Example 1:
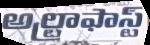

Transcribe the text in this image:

అల్ట్రాఫాస్ట్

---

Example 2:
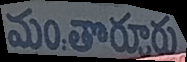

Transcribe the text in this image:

మం.తొర్చూరు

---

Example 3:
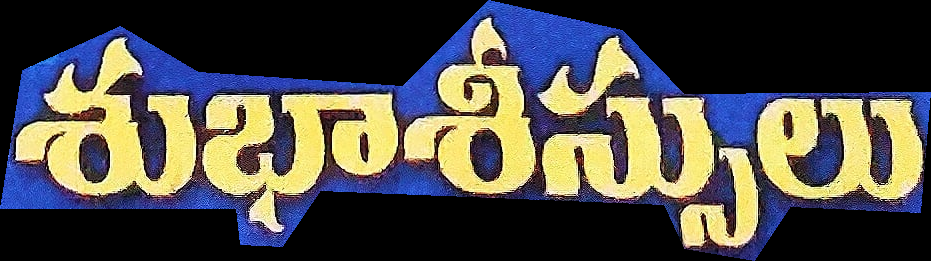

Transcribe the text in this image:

శుభాశీస్సులు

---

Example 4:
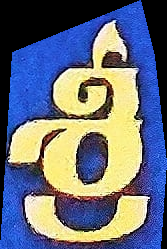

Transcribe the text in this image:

శ్ర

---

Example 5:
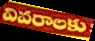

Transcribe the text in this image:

వివరాలకు